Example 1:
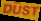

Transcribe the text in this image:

DUST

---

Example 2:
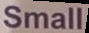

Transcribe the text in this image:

Small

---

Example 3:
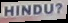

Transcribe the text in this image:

HINDU?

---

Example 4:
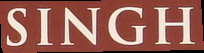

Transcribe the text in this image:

SINGH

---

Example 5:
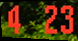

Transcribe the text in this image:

423